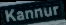
Kannur